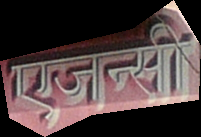
एजन्सी